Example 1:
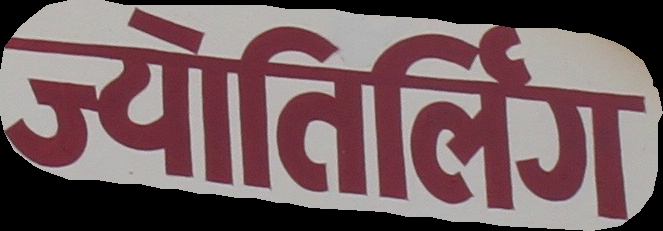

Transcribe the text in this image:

ज्यॊतिर्लिंग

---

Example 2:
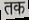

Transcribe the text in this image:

तक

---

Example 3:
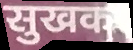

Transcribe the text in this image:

सुखक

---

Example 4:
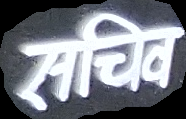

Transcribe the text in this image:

सचिव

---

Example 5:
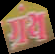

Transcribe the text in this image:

ग्रंथ